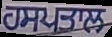
ਹਸਪਤਾਲ